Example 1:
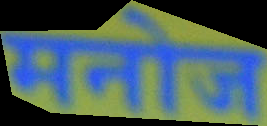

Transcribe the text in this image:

मनोज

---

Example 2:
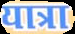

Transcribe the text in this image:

यात्रा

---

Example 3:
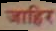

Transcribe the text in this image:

जाहिर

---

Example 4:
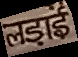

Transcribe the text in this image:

लड़ाई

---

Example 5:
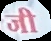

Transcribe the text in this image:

जी